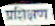
प्रशिक्षण